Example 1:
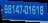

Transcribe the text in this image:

98147-01618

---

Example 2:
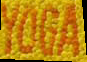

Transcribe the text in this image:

YOGA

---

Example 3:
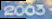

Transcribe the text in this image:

2003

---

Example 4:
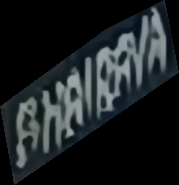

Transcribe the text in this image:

bhairaya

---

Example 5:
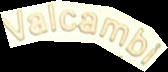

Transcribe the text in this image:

Valcambi